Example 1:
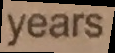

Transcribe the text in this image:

years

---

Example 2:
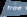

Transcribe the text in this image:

free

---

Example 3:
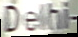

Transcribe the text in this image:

Delhi-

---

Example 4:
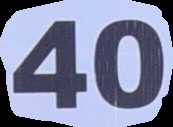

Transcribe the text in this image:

40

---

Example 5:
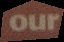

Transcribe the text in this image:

our